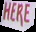
HERE